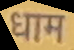
धाम